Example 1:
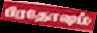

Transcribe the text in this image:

பிாதோஷம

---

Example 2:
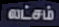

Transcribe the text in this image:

லட்சம்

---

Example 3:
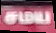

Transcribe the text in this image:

சமய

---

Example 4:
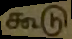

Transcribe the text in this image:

௯டு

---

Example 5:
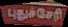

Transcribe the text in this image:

புதுச்சேரி